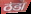
ठंडा